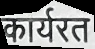
कार्यरत